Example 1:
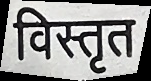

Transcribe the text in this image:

वि‍स्‍तृत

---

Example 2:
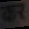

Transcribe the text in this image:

कर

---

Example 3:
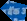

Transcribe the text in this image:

बैंक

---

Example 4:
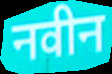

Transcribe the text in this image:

नवीन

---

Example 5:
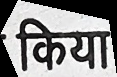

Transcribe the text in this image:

किया